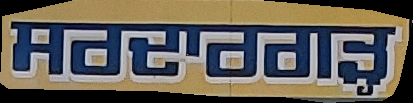
ਸਰਦਾਰਗੜ੍ਹ